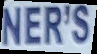
NER